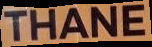
THANE